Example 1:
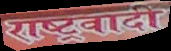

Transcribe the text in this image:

राष्ट्रवादी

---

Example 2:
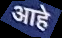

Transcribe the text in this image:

आहे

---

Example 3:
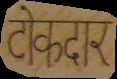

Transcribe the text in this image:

टोकदार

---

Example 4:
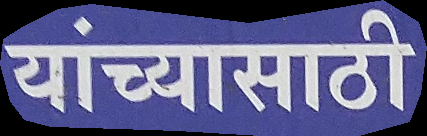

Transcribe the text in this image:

यांच्यासाठी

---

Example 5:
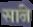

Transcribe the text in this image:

साने